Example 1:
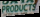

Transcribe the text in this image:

PRODUCTS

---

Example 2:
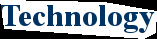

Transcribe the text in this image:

Technology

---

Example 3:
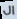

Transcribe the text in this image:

JI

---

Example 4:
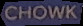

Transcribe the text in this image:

CHOWK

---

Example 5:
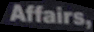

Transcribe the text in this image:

Affairs,